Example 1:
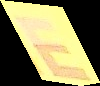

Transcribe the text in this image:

E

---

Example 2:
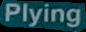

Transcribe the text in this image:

Plying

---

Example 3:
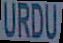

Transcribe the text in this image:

URDU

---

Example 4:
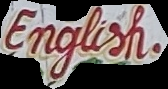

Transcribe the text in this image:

English.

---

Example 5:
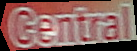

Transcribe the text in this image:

Central